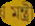
মন্ত্ৰী